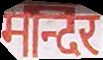
मन्दिर